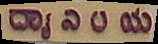
ದ್ಯಾನಿಂಯ